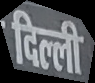
दिल्ली